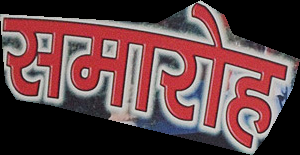
समारोह